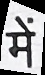
में